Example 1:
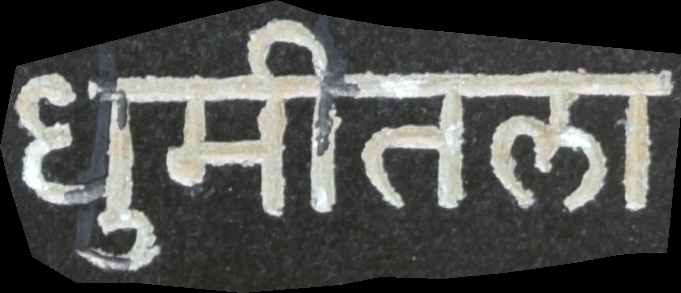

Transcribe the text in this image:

धुमीतला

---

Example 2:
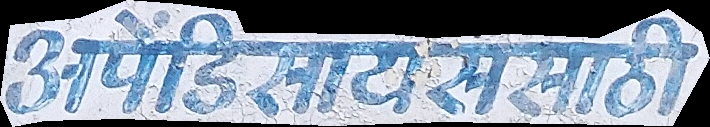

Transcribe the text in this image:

अपेंडिसायससाठी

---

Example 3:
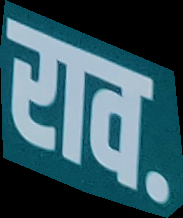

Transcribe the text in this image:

राव.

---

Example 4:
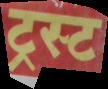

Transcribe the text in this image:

ट्रस्ट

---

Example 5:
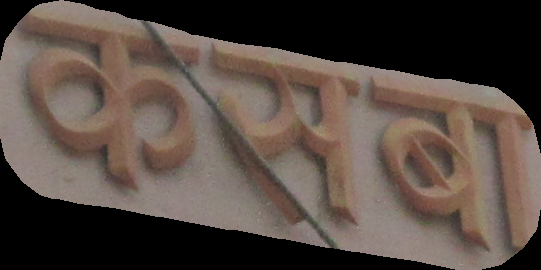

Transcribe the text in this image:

कसबा